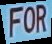
FOR